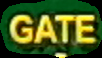
GATE